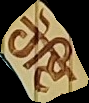
ਹੋਇ